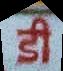
डी